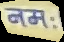
नमः